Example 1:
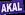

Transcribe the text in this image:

AKAL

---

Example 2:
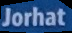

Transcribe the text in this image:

Jorhat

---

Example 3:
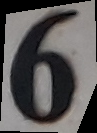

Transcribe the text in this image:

6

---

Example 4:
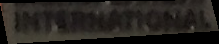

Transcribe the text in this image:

INTERNATIONAL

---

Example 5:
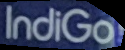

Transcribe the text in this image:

IndiGo